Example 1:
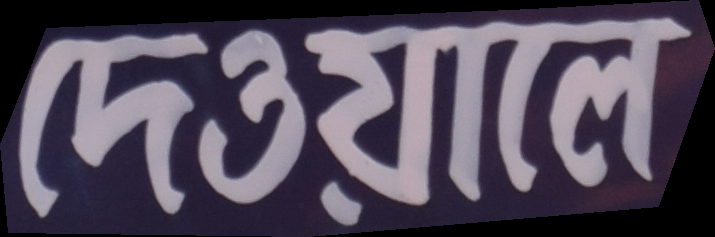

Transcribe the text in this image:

দেওয়ালে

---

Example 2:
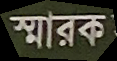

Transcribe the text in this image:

স্মারক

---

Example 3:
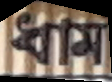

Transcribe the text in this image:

ধাম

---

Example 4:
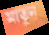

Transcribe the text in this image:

মাতুন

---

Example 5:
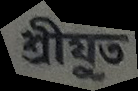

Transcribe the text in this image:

শ্রীযুত